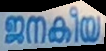
ജനകീയ